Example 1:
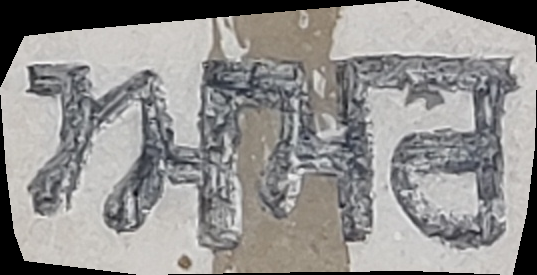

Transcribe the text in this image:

ਅਮਰ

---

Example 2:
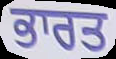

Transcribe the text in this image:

ਭਾਰਤ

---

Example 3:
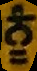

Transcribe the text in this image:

ਨੂੰ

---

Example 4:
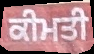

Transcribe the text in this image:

ਕੀਮਤੀ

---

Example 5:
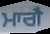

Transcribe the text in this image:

ਮਾਗੈ